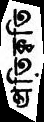
প্রতিকৃতি